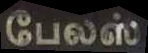
பேலஸ்